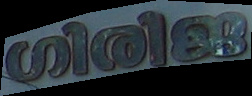
ഗിരിജ